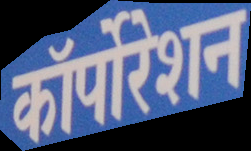
कॉर्पोरेशन